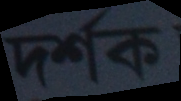
দর্শক